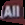
All